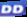
DD